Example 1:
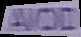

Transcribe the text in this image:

AVOID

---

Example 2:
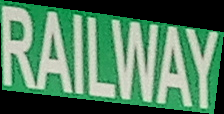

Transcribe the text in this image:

RAILWAY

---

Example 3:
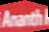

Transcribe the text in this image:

Ananth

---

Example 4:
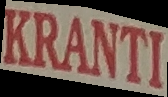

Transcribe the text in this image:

KRANTI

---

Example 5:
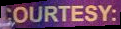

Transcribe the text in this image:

COURTESY: